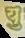
यु